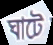
ঘাটে